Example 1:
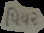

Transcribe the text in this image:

પિયર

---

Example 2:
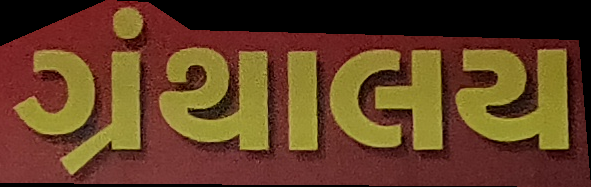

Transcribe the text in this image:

ગ્રંથાલય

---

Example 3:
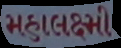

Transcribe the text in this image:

મહાલક્ષ્મી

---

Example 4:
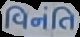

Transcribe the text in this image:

વિનંતી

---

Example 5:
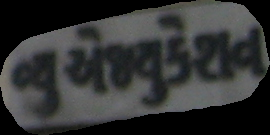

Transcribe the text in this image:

ન્યુ એજ્યુકેશન